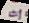
of